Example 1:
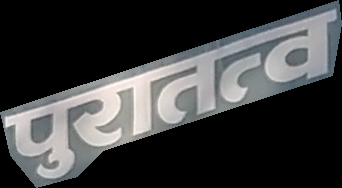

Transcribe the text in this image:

पुरातत्व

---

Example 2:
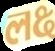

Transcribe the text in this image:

लक्ष्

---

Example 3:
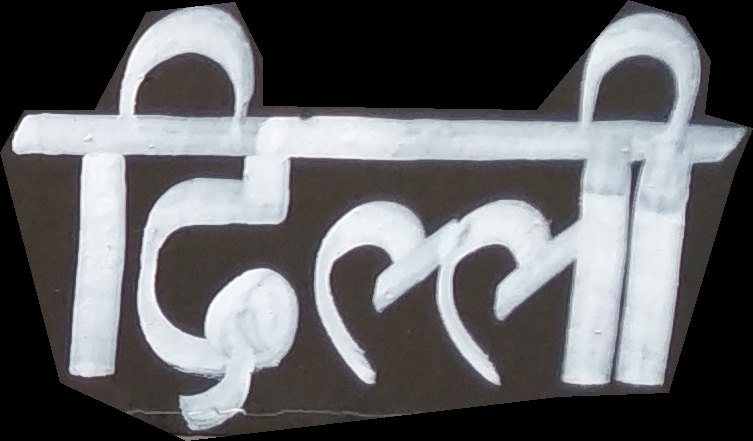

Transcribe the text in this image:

दिल्ली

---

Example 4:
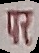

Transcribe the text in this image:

पर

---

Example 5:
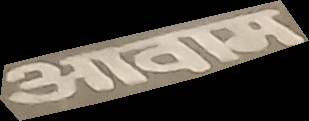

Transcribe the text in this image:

आवाम